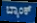
ಬ್ಯಾಂಕ್